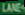
LANE